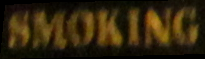
SMOKING